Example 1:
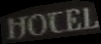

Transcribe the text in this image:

HOTEL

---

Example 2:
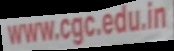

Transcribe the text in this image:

www.cgc.edu.in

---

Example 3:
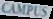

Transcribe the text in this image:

CAMPUS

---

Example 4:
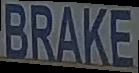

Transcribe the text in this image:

BRAKE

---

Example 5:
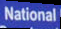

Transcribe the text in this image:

National